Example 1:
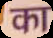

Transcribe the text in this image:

का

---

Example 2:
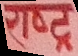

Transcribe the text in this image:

राष्ट्र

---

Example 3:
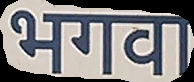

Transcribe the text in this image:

भगवा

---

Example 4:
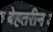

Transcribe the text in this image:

बेहतरीन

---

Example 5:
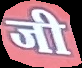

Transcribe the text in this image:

जी